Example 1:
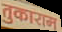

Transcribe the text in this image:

तुकाराम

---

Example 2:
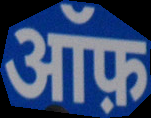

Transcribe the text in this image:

ऑफ़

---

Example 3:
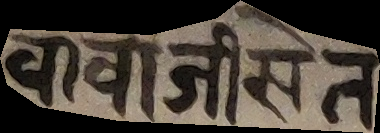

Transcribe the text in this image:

वावाजीसे त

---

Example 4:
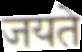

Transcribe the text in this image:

जयते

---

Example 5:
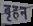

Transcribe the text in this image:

बृहन